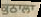
ਕਠਾਲਾ